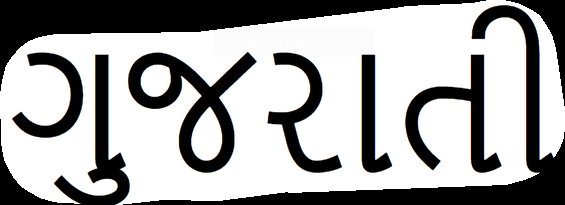
ગુજરાતી